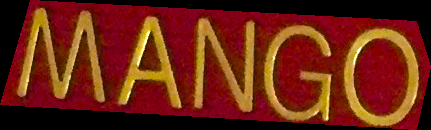
MANGO